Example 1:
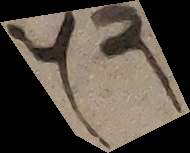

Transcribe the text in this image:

y2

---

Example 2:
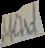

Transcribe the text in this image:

Mind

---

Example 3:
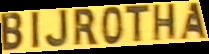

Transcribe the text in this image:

BIJROTHA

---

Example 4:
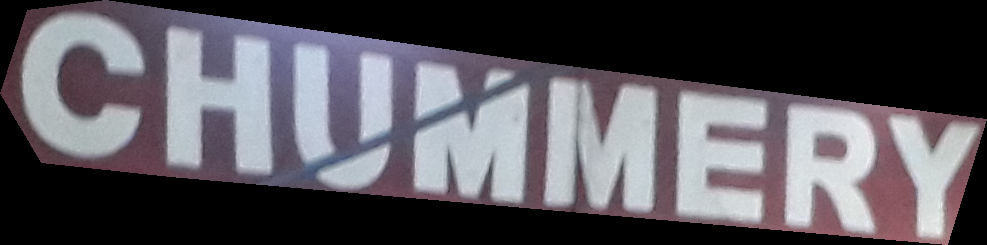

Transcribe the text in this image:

CHUMMERY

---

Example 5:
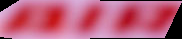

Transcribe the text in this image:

AIR